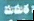
మమత